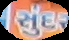
સુંદર